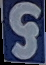
૬